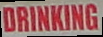
DRINKING